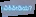
ಎಕಿಪೀಡಿಯ7